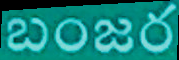
బంజర